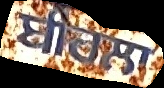
ਬੀਹਲਾ